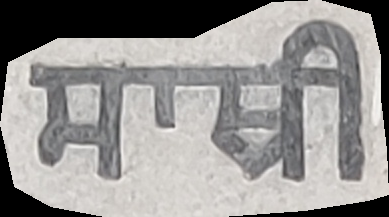
ਸਾਥੀ